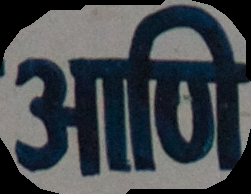
आणि